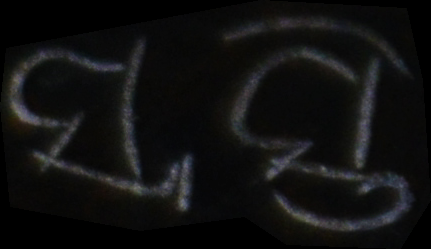
ପପ୍ତି